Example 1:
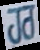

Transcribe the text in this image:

ਹਰ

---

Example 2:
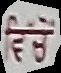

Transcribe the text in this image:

ਵਿੱਚੋਂ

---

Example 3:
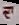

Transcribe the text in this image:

ਦਾ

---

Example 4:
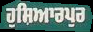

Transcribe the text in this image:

ਹੁਸਿਆਰਪੁਰ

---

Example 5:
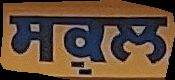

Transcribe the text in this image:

ਸਕੂਲ